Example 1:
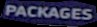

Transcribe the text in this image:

PACKAGES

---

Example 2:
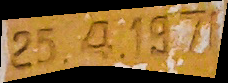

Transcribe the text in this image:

25.4.1971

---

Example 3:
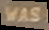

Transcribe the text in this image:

WAS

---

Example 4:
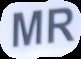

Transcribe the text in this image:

MR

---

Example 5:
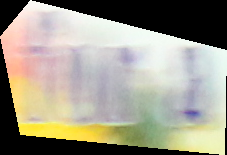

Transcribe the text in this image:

for a